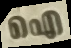
ഐ